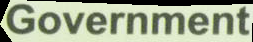
Government